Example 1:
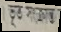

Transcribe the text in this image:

ভূত সংক্রান্ত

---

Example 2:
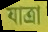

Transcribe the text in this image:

যাত্রা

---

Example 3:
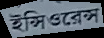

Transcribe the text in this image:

ইন্সিওরেন্স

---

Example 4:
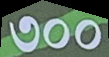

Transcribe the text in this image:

৩০০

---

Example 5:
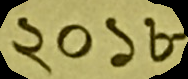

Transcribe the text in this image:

২০১৮